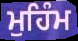
ਮੁਹਿੰਮ